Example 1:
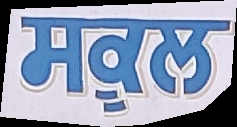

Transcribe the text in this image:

ਸਕੂਲ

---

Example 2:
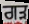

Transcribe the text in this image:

ਗੜ੍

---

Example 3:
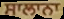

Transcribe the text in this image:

ਸਾਲਾਨਾ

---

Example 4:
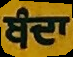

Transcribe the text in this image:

ਬੰਦਾ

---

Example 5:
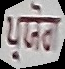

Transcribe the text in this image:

ਪ੍ਰਯੋਗ